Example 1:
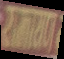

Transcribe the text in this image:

रामायण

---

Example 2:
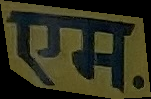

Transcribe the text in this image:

एमः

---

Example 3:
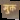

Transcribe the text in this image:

मुक्त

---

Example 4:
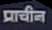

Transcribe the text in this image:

प्राचीन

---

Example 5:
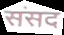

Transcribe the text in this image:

संसद